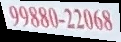
99880-22068